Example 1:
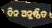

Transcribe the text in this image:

ଦିନ ଅନୁଷ୍ଠିତ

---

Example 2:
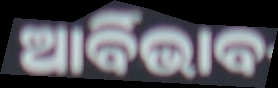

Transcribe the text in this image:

ଆର୍ବିଭାବ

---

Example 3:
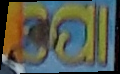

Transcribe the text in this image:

ପୋ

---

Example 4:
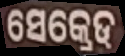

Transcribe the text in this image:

ସେକ୍ଳେତ୍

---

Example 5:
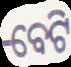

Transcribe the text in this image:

ବେଟି